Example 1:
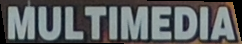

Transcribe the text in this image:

MULTIMEDIA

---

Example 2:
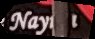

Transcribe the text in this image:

Nay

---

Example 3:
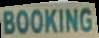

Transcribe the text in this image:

BOOKING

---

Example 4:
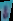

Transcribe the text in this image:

&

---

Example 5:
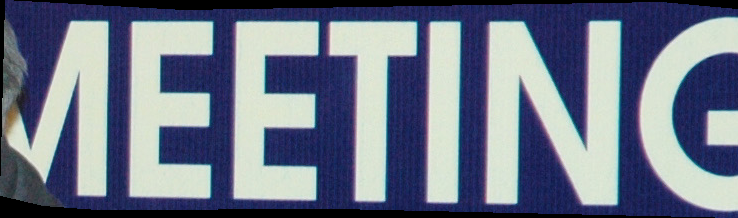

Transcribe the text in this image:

EETING